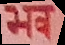
भव